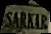
SARKAR